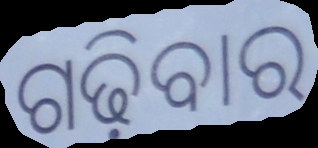
ଗଢ଼ିବାର